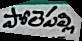
పోలెపల్లి